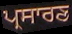
ਪ੍ਰਸਾਰਣ